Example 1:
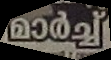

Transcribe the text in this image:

മാർച്ച്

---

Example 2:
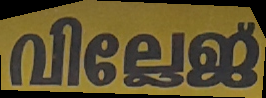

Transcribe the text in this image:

വില്ലേജ്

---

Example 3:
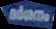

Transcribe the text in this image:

ദർശനം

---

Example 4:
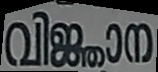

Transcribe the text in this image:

വിജ്ഞാന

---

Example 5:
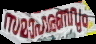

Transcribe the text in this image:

സമാപരണവും